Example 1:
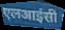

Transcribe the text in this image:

एलआईसी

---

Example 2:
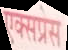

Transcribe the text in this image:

एक्सप्रेस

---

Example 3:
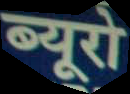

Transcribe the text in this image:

ब्यूरो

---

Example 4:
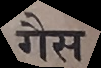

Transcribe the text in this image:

गैस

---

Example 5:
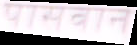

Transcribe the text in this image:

पासवान